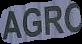
AGRO